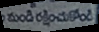
నుండి రక్షించుకోండి